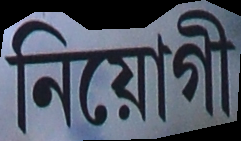
নিয়োগী